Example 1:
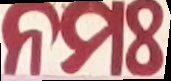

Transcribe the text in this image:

ନମଃ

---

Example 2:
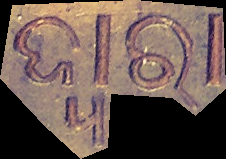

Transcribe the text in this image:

ଦ୍ଵାରା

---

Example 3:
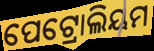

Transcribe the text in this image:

ପେଟ୍ରୋଲିୟମ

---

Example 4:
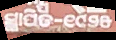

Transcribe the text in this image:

ସ୍ଥାପିତ-୧୯୨୫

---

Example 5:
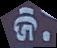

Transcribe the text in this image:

ଜ.